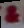
&